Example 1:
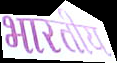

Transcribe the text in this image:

भारतीय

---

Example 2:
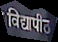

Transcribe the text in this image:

विद्यापीठ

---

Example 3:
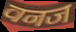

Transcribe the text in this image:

वनज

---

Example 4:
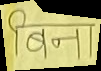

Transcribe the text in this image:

बिना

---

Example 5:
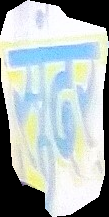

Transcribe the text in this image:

सुंदर